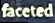
faceted